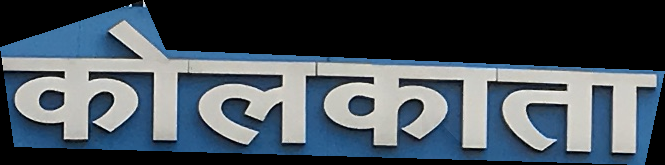
कोलकाता